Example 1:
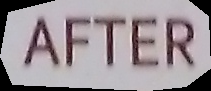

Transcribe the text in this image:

AFTER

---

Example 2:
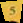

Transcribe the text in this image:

5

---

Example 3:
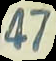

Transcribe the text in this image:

47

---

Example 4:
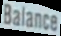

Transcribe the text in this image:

Balance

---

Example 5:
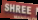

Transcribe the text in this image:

SHREE